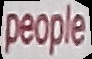
people